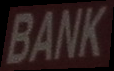
BANK